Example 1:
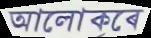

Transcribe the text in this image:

আলোকৰে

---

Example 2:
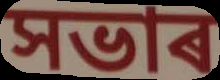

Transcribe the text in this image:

সভাৰ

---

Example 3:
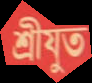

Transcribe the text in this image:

শ্রীযুত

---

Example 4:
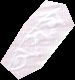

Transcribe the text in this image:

অসম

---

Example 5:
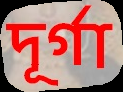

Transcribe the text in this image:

দুর্গা